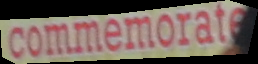
commemorate